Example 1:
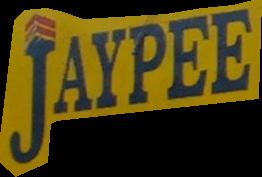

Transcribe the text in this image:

JAYPEE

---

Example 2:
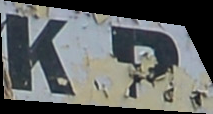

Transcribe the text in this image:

KR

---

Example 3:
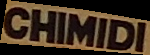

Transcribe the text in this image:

CHIMIDI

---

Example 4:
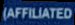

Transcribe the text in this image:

(AFFILIATED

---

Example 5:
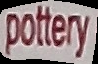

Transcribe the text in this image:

pottery